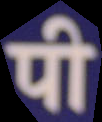
पी